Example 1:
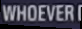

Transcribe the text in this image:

WHOEVER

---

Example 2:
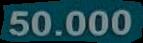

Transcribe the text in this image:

50.000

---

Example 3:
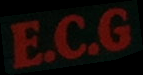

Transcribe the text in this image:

E.C.G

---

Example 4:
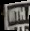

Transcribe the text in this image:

WITH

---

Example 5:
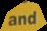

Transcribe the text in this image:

and